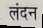
लंदन